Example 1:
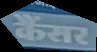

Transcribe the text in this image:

कैंसर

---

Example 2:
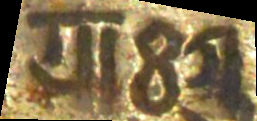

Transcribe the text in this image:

या8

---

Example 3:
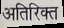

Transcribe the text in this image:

अतिरिक्त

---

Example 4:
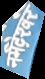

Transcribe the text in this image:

नर्मदेश्वर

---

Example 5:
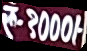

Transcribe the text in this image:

रू-१०००/-